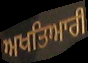
ਅਖਤਿਆਰੀ